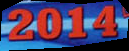
2014